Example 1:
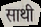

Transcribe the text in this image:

साथी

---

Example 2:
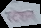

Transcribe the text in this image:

स्टेशन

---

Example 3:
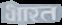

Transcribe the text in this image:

भारत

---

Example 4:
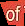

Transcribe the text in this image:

ां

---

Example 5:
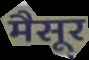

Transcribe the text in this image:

मैसूर